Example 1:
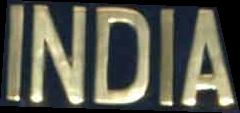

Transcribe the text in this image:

INDIA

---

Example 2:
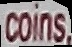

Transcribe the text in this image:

coins,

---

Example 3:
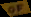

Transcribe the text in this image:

OF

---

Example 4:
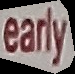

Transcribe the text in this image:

early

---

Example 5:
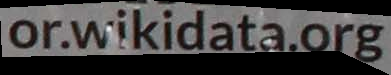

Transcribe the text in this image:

or.wikidata.org